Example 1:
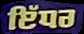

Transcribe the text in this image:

ਇੱਧਰ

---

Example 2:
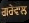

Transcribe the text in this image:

ਗਰੇਵਾਲ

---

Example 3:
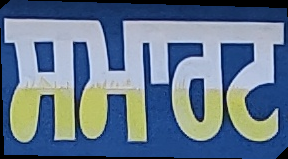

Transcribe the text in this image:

ਸਮਾਰਟ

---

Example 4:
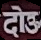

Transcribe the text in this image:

ਟੀਲ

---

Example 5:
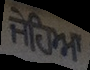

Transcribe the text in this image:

ਜੇਹਿਆ